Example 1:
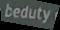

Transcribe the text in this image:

beduty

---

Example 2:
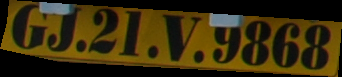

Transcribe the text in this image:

G.J.21.V.9868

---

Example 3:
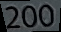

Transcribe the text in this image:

200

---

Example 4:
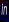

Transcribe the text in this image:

in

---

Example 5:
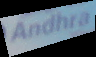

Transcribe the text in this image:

Andhra